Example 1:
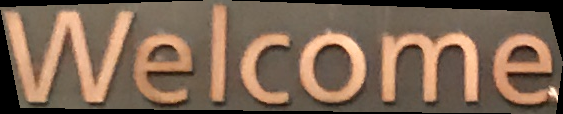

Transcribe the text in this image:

Welcome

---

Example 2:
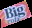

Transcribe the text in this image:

Big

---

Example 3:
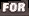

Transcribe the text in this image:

FOR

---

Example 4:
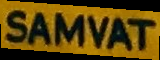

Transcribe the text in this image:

SAMVAT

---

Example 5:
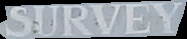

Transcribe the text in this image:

SURVEY